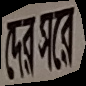
দের সরে